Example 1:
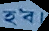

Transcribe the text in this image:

হ'ব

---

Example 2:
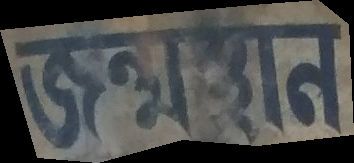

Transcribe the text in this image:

জন্মস্থান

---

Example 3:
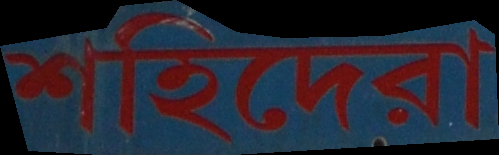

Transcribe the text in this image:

শহিদেরা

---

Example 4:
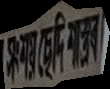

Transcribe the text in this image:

সংশয় ছেদিশাস্তৰ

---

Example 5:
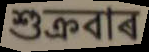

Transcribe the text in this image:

শুক্ৰবাৰ